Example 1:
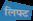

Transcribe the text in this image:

लिफ्ट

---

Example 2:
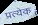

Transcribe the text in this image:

प्रत्येक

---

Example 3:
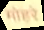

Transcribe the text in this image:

मोहरे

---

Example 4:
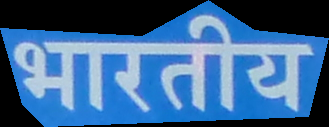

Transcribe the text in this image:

भारतीय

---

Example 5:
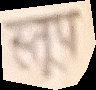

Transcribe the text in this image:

स्तूप